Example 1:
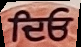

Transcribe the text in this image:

ਦਿਓ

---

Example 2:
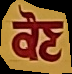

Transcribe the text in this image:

ਕੌਣ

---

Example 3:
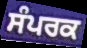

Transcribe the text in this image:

ਸੰਪਰਕ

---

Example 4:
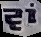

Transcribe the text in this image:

ਵਾਂ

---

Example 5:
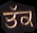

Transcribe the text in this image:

ਤੱਕ